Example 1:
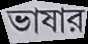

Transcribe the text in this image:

ভাষার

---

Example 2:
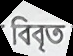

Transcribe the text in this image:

বিবৃত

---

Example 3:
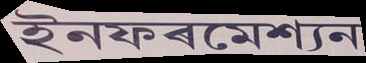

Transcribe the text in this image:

ইনফৰমেশ্যন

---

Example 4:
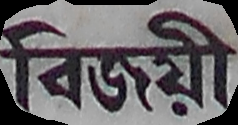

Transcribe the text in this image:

বিজয়ী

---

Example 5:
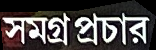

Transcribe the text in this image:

সমগ্রপ্রচার